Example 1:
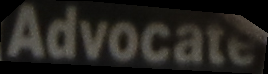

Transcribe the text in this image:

Advocat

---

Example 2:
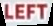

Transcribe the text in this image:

LEFT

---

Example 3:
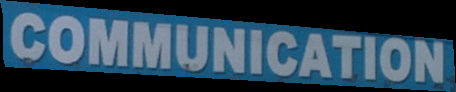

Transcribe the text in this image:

COMMUNICATION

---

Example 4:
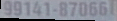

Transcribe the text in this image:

99141-870661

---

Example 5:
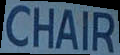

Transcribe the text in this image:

CHAIR